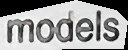
models